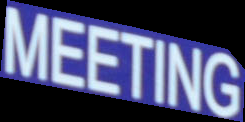
MEETING